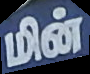
மின்